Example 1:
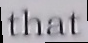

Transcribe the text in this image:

that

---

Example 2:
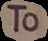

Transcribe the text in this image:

To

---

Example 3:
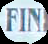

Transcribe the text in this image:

FIN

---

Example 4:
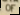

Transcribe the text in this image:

OF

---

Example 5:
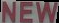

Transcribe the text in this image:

NEW